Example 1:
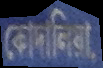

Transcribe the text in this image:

কোদালিয়া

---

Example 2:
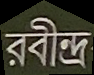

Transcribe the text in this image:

রবীন্দ্র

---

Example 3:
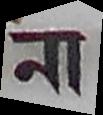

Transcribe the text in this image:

না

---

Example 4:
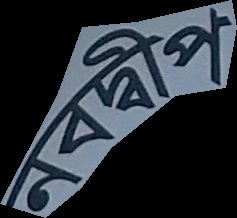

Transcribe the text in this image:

নবদ্বীপ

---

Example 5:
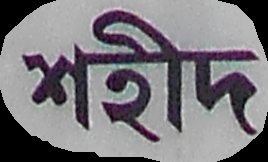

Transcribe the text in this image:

শহীদ